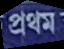
প্রথম